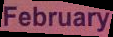
February